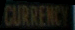
CURRENCY